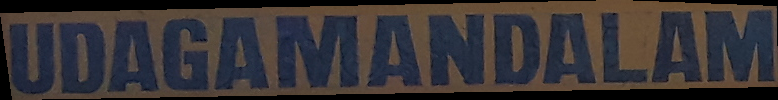
UDAGAMANDALAM